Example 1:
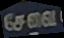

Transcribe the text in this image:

சேவை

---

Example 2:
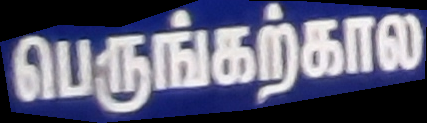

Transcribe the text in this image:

பெருங்கற்கால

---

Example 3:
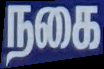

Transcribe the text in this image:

நகை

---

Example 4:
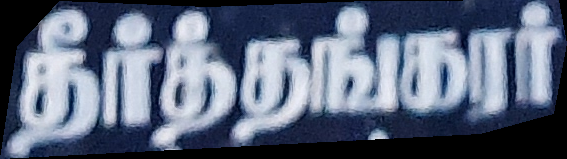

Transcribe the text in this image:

தீா்த்தங்கரா்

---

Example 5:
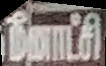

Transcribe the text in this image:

மீனாட்சி